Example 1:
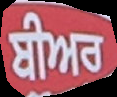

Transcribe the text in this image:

ਬੀਅਰ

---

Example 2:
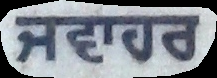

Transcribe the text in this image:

ਜਵਾਹਰ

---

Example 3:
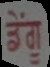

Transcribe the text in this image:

ਡੇਂਗੂ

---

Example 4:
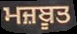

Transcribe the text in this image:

ਮਜ਼ਬੂਤ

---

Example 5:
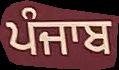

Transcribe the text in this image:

ਪੰਜਾਬ